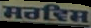
ਸਰਵਿਸ